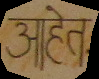
आहेत